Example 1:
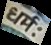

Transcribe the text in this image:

धर्मः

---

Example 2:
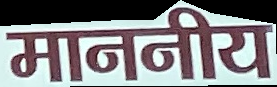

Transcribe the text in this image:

माननीय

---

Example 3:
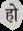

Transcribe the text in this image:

हो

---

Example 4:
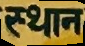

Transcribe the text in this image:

स्थान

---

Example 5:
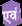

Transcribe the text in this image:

एवं